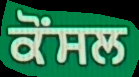
ਕੋਂਸਲ